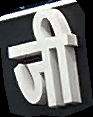
जी